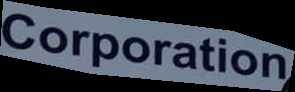
Corporation